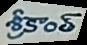
శ్రీకాంత్